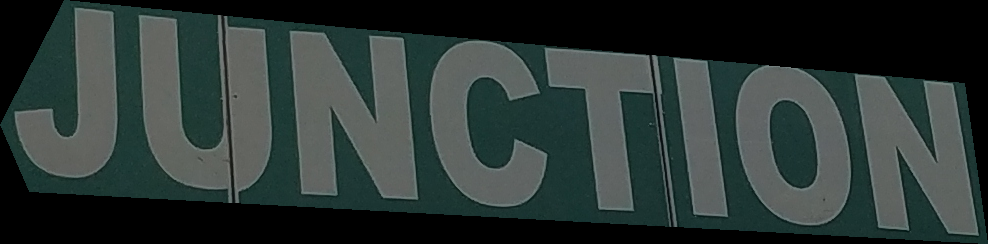
JUNCTION